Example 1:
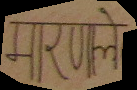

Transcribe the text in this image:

मारणाले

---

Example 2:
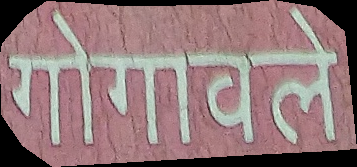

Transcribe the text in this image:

गोगावले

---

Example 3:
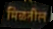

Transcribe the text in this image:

मिळतील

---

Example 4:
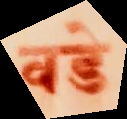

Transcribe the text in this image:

वडे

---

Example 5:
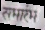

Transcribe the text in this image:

समारंभ